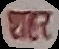
शहर